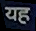
यह